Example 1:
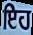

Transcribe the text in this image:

ਇਹ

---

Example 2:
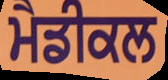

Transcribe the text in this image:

ਮੈਡੀਕਲ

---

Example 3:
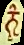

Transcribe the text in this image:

ਨੂੰ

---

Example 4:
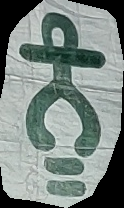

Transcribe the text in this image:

ਨੂੰ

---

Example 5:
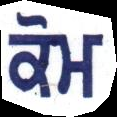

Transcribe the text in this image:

ਕੋਮ